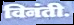
विनंती.